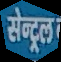
सेन्ट्रल